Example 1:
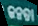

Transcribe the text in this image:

ଜନତା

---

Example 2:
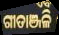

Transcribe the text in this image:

ଗୀତାଞ୍ଜଳି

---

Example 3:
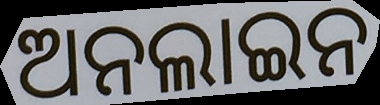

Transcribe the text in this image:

ଅନଲାଇନ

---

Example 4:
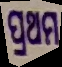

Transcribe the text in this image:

ପ୍ରଥମ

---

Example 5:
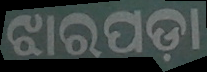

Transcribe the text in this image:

ଝାରପଡ଼ା